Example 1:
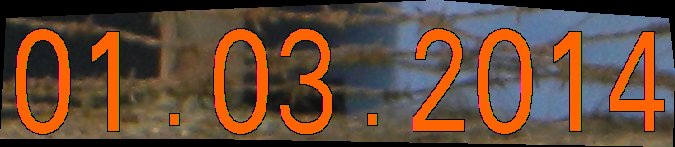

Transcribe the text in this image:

01.03.2014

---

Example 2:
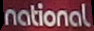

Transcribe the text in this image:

national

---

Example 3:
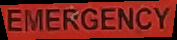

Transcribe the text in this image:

EMERGENCY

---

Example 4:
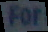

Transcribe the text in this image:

For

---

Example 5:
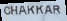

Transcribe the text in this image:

CHAKKAR